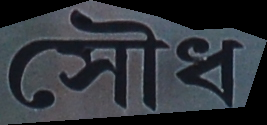
সৌধ